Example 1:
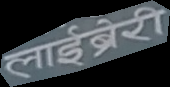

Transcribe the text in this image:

लाईब्रेरी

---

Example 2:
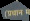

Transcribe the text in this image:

(प्रधान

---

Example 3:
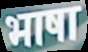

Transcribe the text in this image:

भाषा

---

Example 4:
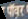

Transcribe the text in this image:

पॉवर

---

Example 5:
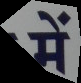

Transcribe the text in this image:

में